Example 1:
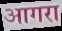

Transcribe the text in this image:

आगरा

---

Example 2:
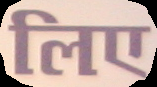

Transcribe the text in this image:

लिए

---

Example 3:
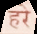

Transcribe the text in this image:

हरे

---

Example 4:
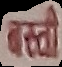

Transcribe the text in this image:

बस्ती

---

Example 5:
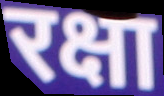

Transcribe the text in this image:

रक्षा